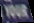
YOUR